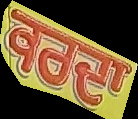
ਕਰਦਾ